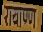
रायाण्ण